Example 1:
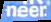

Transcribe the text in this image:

neer.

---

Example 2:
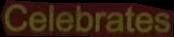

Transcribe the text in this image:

Celebrates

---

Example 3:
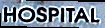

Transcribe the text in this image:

HOSPITAL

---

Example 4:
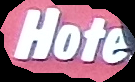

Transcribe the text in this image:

Hote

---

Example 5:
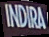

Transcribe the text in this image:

INDIRA